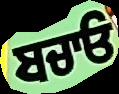
ਬਚਾੳ